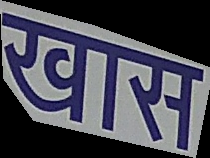
खास